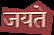
जयते